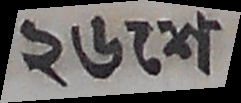
২৬শে